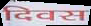
दिवस